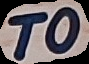
TO